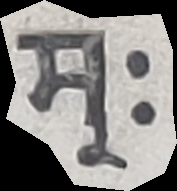
ਸ੍ਰ: